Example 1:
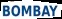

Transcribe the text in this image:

BOMBAY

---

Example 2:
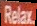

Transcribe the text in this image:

Relax.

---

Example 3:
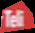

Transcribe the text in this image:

Teli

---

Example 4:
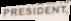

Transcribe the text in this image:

PRESIDENT,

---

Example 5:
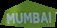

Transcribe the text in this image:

MUMBAI